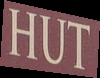
HUT